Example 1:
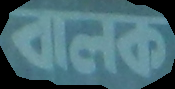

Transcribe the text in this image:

বালক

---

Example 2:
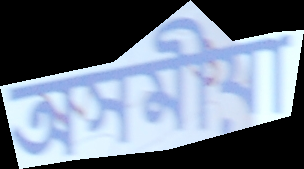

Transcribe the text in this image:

অসমীয়া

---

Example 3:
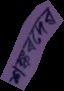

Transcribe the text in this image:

শঙ্কৰদেৱ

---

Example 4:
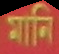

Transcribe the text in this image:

মানি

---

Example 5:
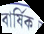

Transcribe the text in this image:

বার্ষিক